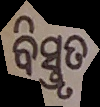
ବିସ୍ତୃତ